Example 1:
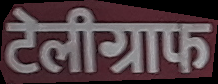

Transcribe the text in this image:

टेलीग्राफ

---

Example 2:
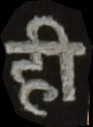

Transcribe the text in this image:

ही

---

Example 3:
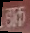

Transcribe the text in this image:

डाक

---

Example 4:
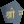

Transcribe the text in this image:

श्री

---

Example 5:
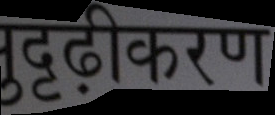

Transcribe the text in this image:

दृढ़ीकरण